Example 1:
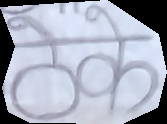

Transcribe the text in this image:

ठेके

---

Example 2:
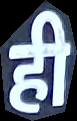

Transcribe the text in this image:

ही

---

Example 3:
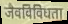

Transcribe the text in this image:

जैवविविधता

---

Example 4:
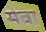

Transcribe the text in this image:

सेवा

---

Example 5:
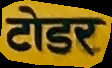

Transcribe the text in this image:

टोडर